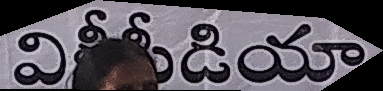
వికీపీడియా